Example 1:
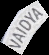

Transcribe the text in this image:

VAIDYA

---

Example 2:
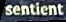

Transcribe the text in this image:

sentient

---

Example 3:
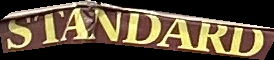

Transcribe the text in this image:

STANDARD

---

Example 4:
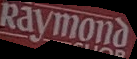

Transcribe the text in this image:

Raymond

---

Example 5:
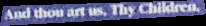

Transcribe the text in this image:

And thou art us,Thy Children,